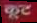
कूट